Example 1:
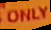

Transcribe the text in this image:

ONLY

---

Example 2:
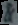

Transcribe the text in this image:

&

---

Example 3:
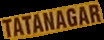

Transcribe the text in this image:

TATANAGAR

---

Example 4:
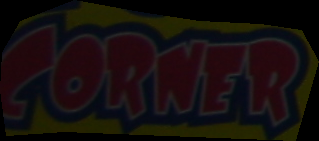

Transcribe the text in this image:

CORNER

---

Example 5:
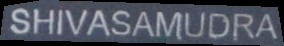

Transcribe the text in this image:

SHIVASAMUDRA